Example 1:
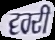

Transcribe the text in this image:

ਵਰਦੀ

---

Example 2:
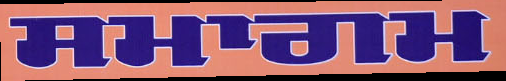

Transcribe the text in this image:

ਸਮਾਗਮ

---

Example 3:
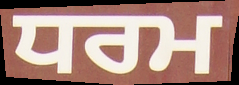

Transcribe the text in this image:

ਧਰਮ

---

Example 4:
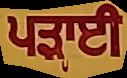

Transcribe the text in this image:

ਪਡ੍ਹਾਈ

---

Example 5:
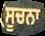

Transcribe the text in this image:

ਸੂਚਨਾ